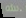
ಯು.